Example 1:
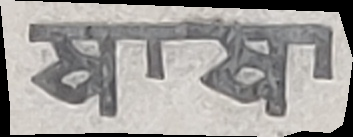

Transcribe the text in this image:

ਬਾਬਾ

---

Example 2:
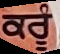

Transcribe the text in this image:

ਕਰੂੰ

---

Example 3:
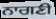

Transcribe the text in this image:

ਨਾਗਈ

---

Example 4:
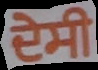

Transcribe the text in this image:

ਦੇਸी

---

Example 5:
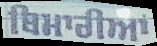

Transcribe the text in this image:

ਬਿਮਾਰੀਆਂ